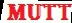
MUTT